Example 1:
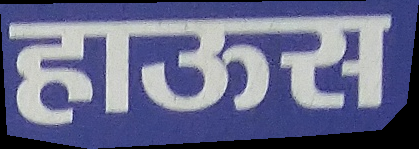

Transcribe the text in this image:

हाऊस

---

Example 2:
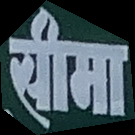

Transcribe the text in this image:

सीमा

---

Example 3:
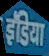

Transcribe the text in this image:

इंडिया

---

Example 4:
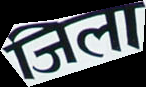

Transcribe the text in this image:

जिला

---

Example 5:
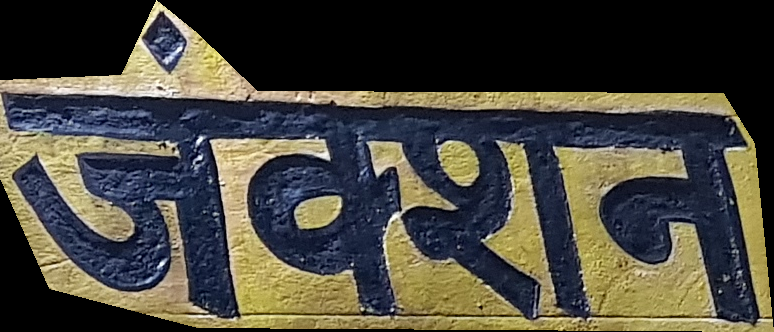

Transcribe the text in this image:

जंक्शन